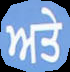
ਅਤੇ